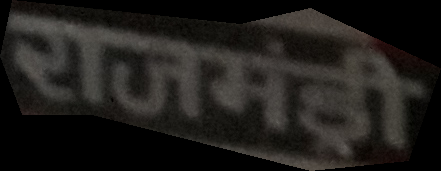
राजमंड्री